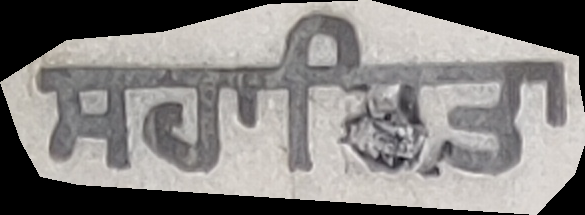
ਸਹਾਇਤਾ